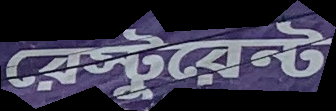
রেস্টুরেন্ট